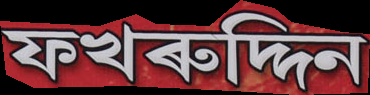
ফখৰুদ্দিন